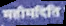
महीमदिति